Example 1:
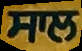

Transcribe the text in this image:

ਸਾਲ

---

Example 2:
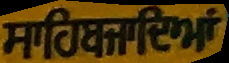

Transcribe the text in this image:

ਸਾਹਿਬਜਾਦਿਆਂ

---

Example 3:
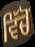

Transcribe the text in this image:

ਵਿੱਚੋਂ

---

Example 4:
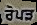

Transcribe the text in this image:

ਰੋਪੜ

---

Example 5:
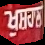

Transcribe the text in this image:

ਖੁਸ਼ਹਾਨ